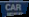
CAR